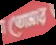
তোমার